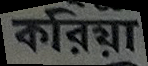
করিয়া